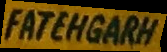
FATEHGARH